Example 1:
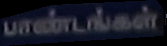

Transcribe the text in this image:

பாண்டங்கள்.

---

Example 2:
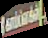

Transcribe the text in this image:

காம்பளக்ஸ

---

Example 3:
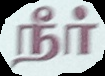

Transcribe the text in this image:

நீா்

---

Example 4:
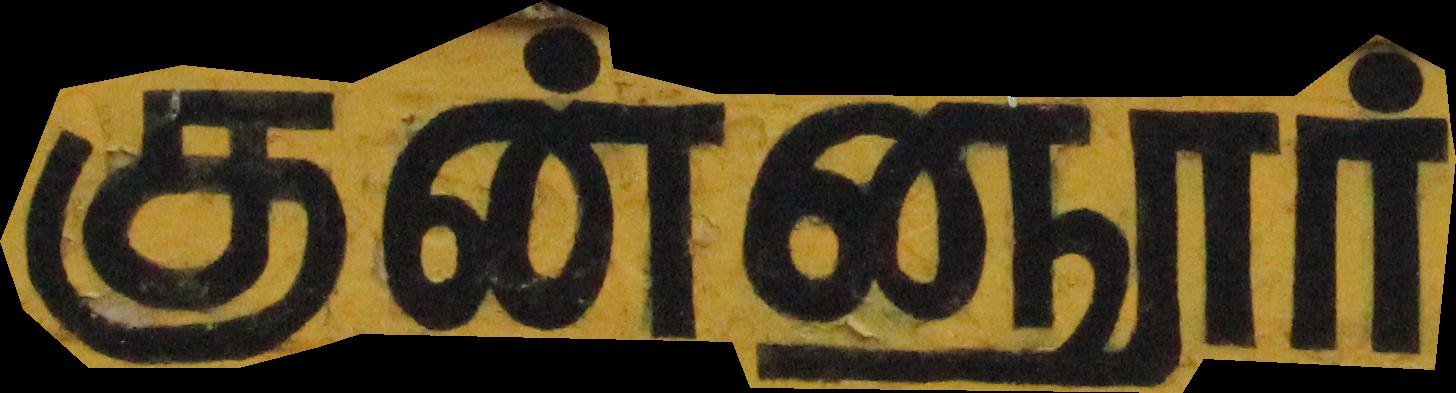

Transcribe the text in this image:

குன்னூா்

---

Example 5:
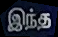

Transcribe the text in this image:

இந்த